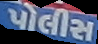
પોલીસ